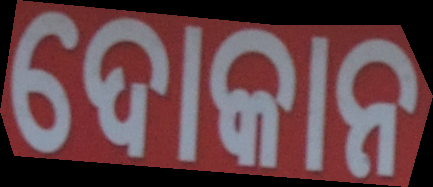
ଦୋକାନ